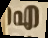
എ